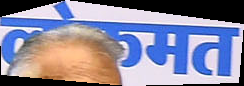
मत